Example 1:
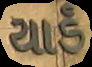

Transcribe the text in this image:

યાર્ડ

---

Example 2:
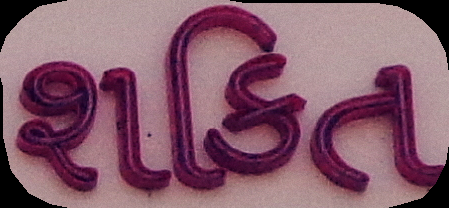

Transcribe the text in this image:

શકિત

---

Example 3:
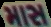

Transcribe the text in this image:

માસ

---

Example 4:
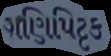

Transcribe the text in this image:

ગણિપિટ્ટક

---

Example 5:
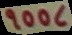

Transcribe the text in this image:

૧૦૦૮